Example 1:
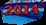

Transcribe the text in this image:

2014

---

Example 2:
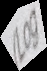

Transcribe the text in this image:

(Log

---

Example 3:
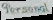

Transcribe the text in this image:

Personal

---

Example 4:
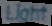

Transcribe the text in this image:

Light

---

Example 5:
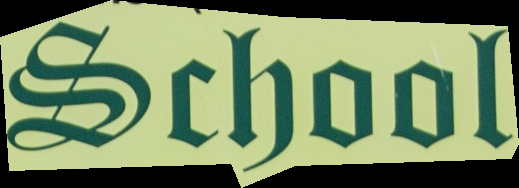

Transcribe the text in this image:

School